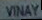
VINAY